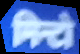
मिन्टो